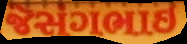
જેસંગભાઈ